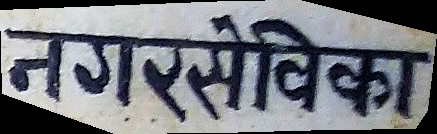
नगरसेविका